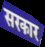
सरकार